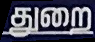
துறை